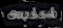
அடிக்கல்